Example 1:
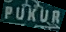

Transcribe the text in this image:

PUKUR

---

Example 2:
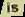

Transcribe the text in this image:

is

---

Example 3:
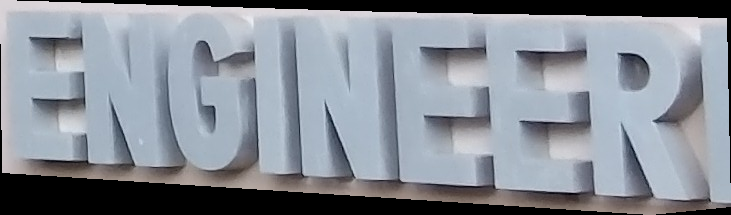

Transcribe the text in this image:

ENGINEERI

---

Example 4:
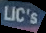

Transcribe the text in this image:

LIC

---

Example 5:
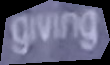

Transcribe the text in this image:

giving